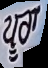
ਪੂਹਾ